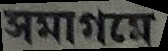
সমাগমে